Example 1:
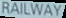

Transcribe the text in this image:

RAILWAY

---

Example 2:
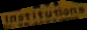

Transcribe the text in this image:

institutions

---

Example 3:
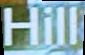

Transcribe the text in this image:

Hill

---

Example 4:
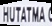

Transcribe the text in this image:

HUTATMA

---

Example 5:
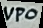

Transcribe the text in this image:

VPO